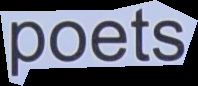
poets